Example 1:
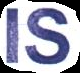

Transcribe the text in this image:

IS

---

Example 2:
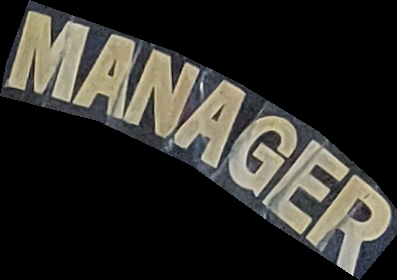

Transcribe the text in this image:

MANAGER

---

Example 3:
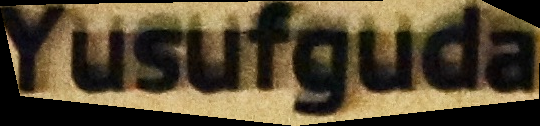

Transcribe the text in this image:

Yusufguda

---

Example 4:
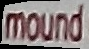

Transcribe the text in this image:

mound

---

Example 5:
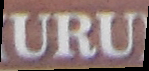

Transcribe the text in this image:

URU